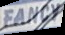
FANCY